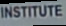
INSTITUTE